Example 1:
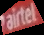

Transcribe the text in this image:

airtel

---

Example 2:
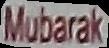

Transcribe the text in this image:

Mubarak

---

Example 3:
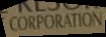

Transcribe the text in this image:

CORPORATION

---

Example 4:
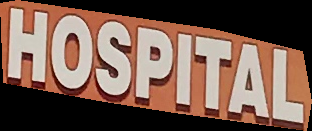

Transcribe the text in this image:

HOSPITAL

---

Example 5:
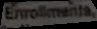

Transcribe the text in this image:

Enrollments,